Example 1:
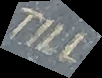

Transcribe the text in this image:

TILL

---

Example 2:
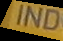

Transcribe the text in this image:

IND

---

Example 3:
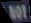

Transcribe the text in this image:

NOT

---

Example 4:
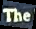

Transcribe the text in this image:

The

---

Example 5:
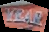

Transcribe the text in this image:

YEAR